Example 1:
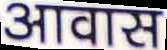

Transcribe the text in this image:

आवास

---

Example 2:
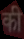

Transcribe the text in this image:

की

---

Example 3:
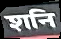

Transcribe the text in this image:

शनि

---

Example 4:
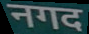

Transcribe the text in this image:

नगद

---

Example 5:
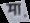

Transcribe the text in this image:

मा.